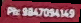
Ph:9847094149